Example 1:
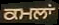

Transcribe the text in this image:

ਕਮਲਾਂ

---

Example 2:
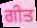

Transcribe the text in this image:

ਗੀਤ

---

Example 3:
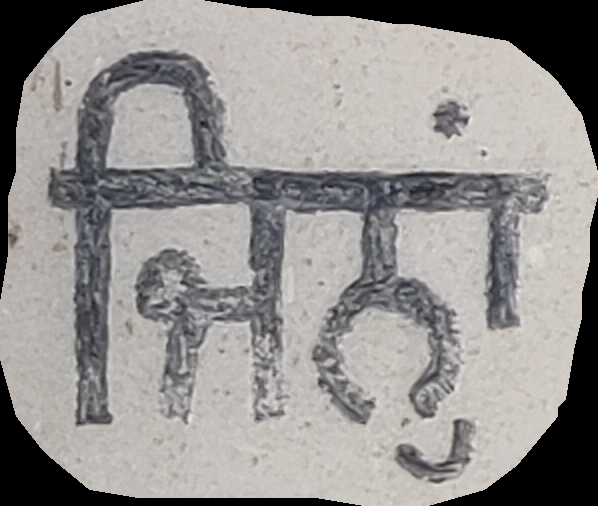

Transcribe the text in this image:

ਜਿਨ੍ਹਾਂ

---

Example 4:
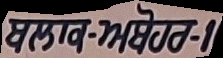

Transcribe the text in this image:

ਬਲਾਕ-ਅਬੋਹਰ-1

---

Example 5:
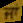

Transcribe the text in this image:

ਜਾਂ